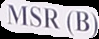
MSR(B)